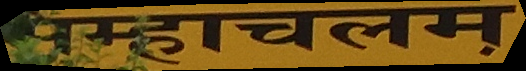
सम्हाचलम